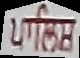
ਪਾਲਿਸ਼